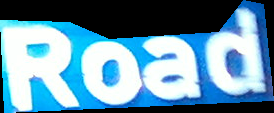
Road